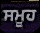
ਸਮੂਹ